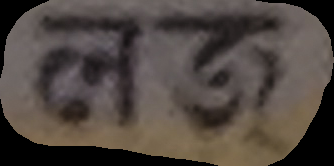
লজ্